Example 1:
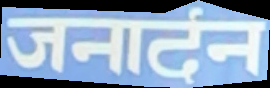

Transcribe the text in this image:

जनार्दन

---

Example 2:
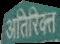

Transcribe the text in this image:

अतिरिक्त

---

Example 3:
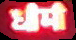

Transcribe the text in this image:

धीमी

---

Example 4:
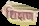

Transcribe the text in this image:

शिक्षण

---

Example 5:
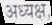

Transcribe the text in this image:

अध्यक्ष,